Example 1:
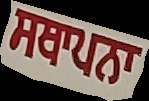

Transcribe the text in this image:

ਸਥਾਪਨਾ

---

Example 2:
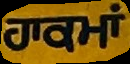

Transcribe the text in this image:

ਹਾਕਮਾਂ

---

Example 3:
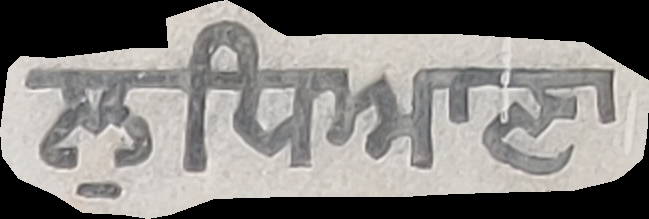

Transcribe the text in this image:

ਲੁਧਿਆਣਾ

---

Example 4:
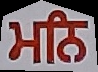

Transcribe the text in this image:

ਮਨਿ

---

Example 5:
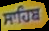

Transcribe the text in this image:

ਸਾਹਿਬ